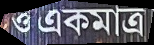
ওএকমাত্র